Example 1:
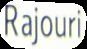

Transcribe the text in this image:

Rajouri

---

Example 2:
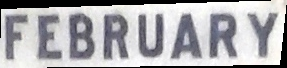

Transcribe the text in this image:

FEBRUARY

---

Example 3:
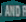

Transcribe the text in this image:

AND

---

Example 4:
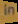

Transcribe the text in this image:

in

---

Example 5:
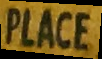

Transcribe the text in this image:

PLACE